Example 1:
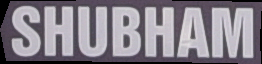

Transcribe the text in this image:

SHUBHAM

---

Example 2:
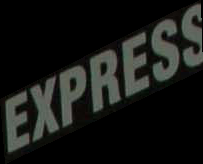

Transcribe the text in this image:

EXPRESS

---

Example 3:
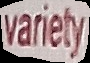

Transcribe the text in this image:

variety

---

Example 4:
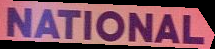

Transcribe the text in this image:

NATIONAL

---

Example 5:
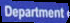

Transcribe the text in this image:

Department